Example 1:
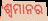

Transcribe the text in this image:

ଶ୍ୱମାନର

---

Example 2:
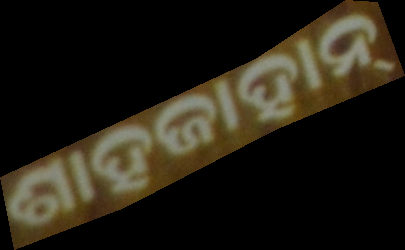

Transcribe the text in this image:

ଶାହଜାହାନ୍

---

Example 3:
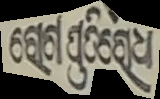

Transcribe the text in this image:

ଶ୍ରେଷ୍ଠ ପ୍ରତିଗେ୍ଧ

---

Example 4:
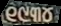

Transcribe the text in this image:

୧୯୩୪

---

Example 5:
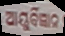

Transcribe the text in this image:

ଆୟୁବିଜ୍ଞାନ